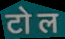
टोल